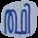
ത്ഥി